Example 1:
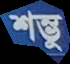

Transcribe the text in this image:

শম্ভু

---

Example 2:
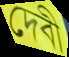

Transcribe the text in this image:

দেবী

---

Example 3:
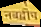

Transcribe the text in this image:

নবদ্বীপ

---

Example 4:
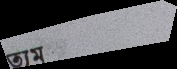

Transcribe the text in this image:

কত্যম্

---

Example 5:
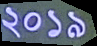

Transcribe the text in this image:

২০১৯